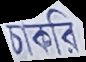
চাকরি